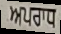
ਅਪਰਾਧ